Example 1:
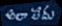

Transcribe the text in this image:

శిలా లేమ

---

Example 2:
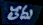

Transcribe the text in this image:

లేదు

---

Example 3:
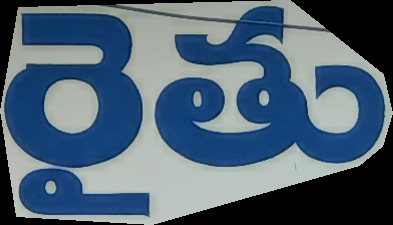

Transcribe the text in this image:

రైతు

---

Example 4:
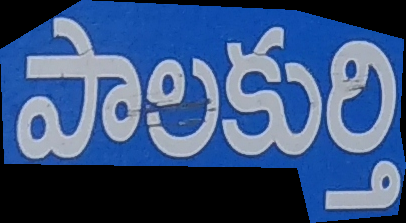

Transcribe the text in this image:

పాలకుర్తి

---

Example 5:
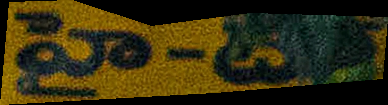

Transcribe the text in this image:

హై-